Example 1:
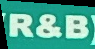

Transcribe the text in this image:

R&B)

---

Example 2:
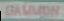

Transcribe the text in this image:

GAMMON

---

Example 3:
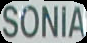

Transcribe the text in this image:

SONIA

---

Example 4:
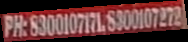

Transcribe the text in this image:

PH: 8300107171.8300107272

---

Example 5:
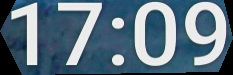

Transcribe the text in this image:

17:09